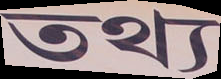
তথ্য